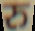
रु